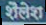
शैलेश